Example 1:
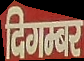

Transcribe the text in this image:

दिगम्बर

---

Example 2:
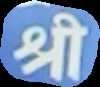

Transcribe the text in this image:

श्री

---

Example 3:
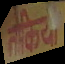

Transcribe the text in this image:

नोकिया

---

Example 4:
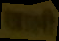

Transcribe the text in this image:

खाली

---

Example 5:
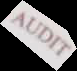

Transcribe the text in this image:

अच्छात